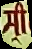
ਸ੍ਰੀ